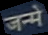
जन्मे